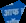
आफ